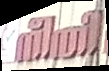
നീതി